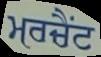
ਮਰਚੈਂਟ